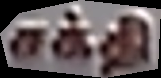
சக்தி